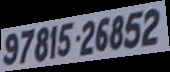
97815-26852